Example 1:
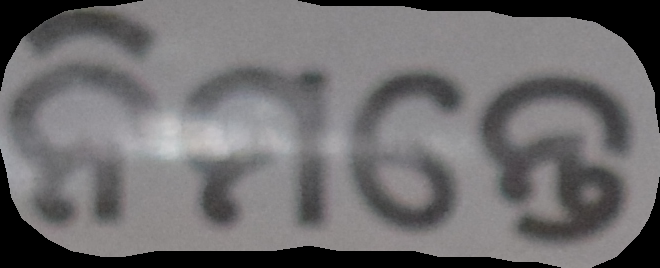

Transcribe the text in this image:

ନିମନ୍ତେ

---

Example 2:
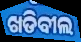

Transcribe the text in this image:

ଖତିବୀଲ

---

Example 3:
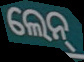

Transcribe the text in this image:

ଲେନ୍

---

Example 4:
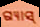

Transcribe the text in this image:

ଗ୍ୟାସ୍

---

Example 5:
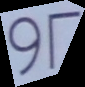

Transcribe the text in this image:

୨୮